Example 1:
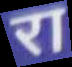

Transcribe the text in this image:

रा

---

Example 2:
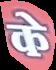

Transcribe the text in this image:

के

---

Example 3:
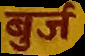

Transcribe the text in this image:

बुर्ज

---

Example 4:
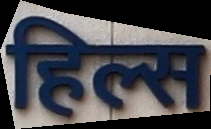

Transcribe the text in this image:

हिल्स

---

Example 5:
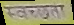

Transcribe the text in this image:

स्वच्छता